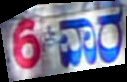
6ವಾರ